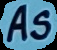
AS